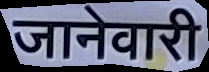
जानेवारी